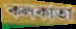
কলকাতা